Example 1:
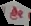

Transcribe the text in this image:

ಶ್ರೀ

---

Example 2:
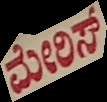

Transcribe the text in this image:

ಮೇರಿಸ್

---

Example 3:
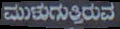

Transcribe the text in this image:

ಮುಳುಗುತ್ತಿರುವ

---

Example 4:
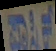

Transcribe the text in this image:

ಪಾಸಿಕ್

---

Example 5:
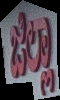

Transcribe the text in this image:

ಜಿಲ್ಲಾ